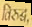
विरुद्ध,